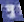
मु